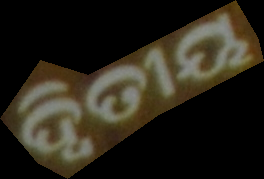
ଦ୍ବିତୀୟ